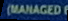
(MANAGED